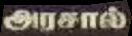
அரசால்